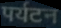
पर्यटन